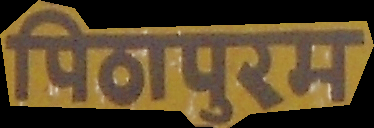
पिठापुरम